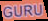
GURU